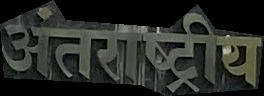
अंतराष्ट्रीय